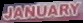
JANUARY